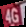
4G